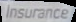
Insurance